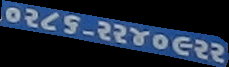
૦૨૮૬ઃરર૪૦૯૨૨